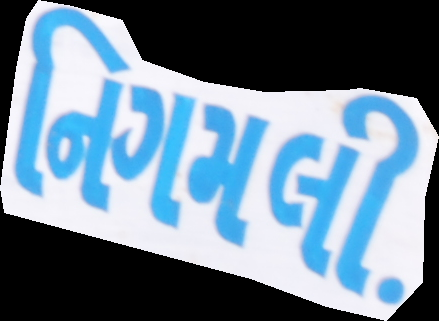
નિગમલી.